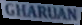
GHARUAN